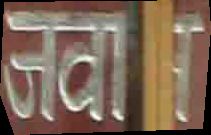
जवान